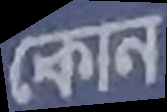
কোন